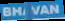
BHAVAN